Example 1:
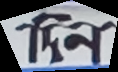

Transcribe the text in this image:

দিন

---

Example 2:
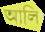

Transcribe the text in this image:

আলি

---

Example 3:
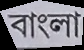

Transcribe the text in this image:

বাংলা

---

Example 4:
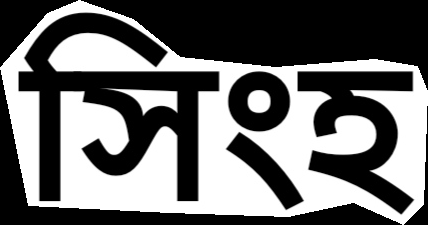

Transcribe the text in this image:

সিংহ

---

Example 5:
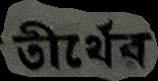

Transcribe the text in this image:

তীর্থের